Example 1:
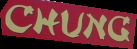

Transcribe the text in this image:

CHUNG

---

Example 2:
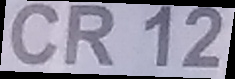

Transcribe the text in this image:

CR12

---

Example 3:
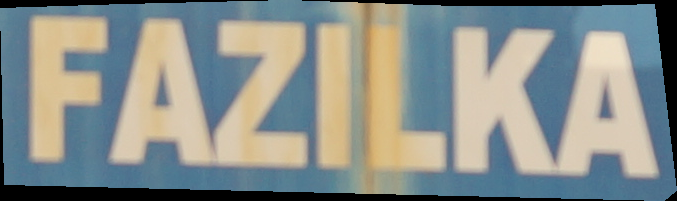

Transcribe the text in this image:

FAZILKA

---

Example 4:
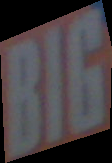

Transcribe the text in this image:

BIG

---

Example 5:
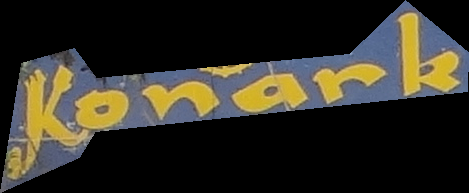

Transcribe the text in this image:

Konark